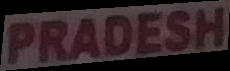
PRADESH